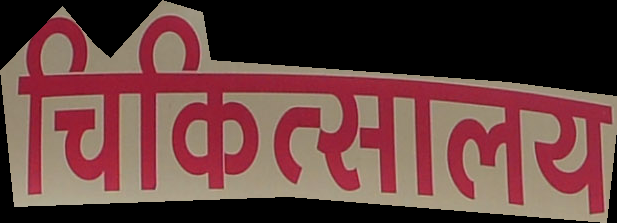
चिकित्सालय